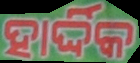
ହାଦିକ